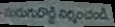
-మురుగుదొడ్డి నిర్మించండి..